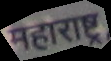
महाराष्ट्र